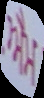
ਐੈਮ